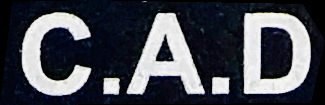
C.A.D